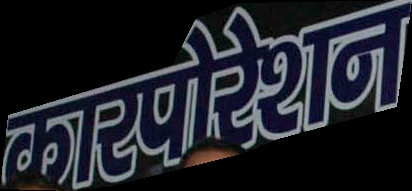
कारपोरेशन